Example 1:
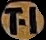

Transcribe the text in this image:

T-I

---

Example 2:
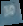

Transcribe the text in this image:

30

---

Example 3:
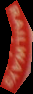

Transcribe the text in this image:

RAILWAYS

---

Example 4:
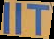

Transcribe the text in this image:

IIT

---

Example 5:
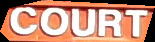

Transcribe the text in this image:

COURT